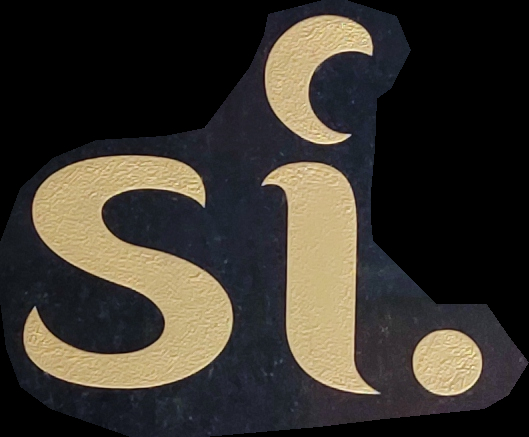
ર્ડા.